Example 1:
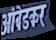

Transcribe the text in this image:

आंबेडकर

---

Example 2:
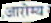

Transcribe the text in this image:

आरोग्य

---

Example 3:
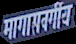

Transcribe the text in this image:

मागासवर्गीय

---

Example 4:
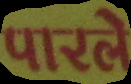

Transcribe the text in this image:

पारले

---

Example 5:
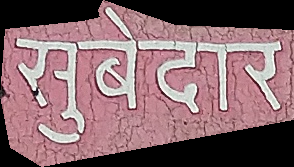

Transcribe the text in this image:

सुबेदार